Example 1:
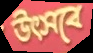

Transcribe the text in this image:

উৎসবে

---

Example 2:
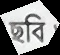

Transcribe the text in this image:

ছবি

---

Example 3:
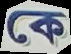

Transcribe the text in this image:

কে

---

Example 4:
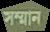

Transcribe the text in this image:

সম্মান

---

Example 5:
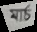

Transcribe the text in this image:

মার্চ